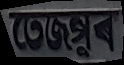
তেজমুৰ